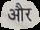
और